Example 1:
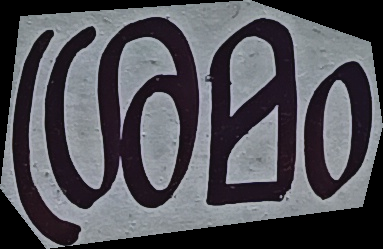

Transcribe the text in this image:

ശ്രമം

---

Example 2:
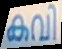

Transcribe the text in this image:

കവി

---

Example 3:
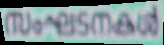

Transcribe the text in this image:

സംഘടനകൾ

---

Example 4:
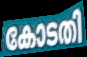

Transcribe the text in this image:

കോടതി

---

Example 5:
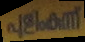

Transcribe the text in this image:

പുളിംകുന്ന്